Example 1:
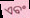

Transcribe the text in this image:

ଏଚଂ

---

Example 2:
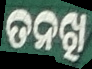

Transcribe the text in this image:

ତନଖି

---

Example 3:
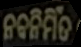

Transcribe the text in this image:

ନବନିର୍ମିତ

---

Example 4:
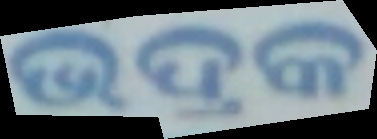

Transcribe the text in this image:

ଭଦ୍ରକ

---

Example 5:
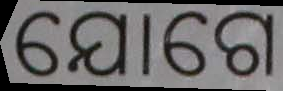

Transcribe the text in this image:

ଯୋଗେ